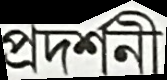
প্রদর্শনী